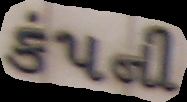
કં૫ની